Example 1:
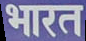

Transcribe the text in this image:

भारत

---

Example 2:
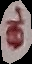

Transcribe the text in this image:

क‌‌ੇ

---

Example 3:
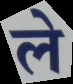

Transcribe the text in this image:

ले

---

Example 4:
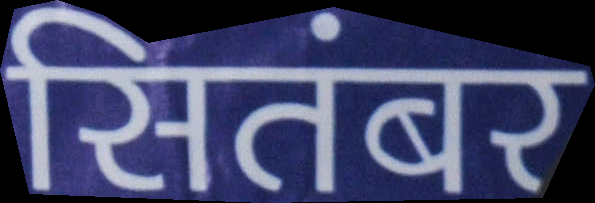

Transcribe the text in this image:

सितंबर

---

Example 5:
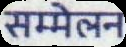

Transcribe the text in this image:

सम्मेलन